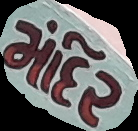
મંદિર